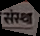
संस्था